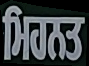
ਮਿਹਨਤ